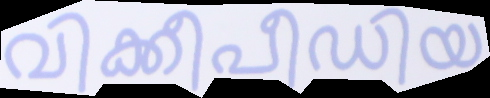
വിക്കിപീഡിയ